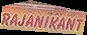
RAJANIKANT